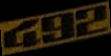
492